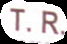
T.R.